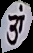
ਤਾਂ